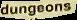
dungeons